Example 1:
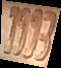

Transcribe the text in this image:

1993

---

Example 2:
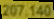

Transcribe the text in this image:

207.140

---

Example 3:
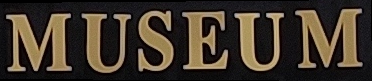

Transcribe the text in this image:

MUSEUM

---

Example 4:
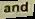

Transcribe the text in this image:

and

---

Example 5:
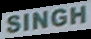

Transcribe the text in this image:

SINGH